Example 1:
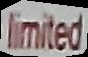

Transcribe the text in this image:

limited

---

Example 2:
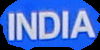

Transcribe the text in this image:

INDIA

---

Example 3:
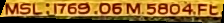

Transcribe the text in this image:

MSL:1769.06M.5804.Ft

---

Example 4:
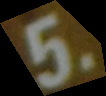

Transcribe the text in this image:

5.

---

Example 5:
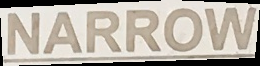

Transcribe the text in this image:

NARROW